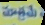
మాత్రమే